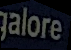
galore